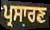
ਪ੍ਰਸਾਰਣ